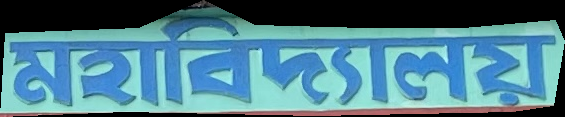
মহাবিদ্যালয়